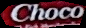
Choco